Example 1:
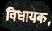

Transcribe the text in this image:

विधायक,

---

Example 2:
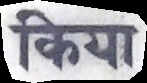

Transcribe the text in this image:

किया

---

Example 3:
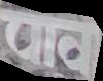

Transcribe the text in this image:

पाव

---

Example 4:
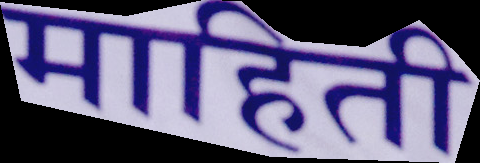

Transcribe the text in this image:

माहिती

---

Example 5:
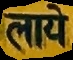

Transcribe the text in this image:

लाये